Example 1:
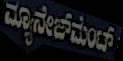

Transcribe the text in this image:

ಮ್ಯಾನೇಜ್‌ಮೆಂಟ್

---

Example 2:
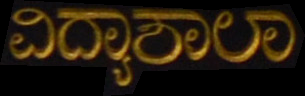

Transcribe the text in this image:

ವಿದ್ಯಾಶಾಲಾ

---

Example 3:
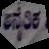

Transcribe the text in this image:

ಅನೈತಿಕ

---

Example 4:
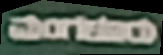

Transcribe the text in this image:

ಮಂಗಳೂರು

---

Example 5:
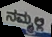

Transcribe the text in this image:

ನಮ್ಶಲ್ಲ